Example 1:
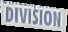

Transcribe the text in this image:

DIVISION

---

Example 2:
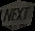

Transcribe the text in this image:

NEXT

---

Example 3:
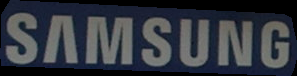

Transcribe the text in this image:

SAMSUNG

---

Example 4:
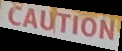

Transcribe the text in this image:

CAUTION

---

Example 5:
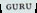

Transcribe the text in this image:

GURU